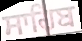
ਸਾਹਿਬ